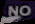
NO